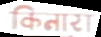
किनारा